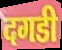
दगडी